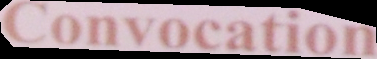
Convocation